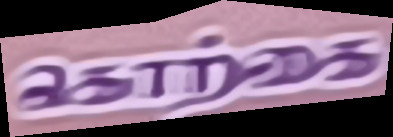
கொற்கை